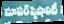
సూపర్ స్పెషాలిటీ